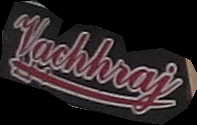
Vachhraj